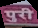
पुरी